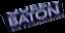
BATON